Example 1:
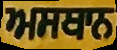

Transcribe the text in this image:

ਅਸਥਾਨ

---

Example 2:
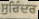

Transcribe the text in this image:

ਸੁਰਿੰਦਰ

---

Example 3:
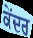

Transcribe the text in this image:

ਕੇਂਦਰ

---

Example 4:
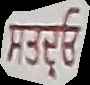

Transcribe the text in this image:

ਸਤਦ੍ਰਓ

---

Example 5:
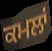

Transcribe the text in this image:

ਕਮਲਾਂ